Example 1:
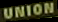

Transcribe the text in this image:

UNION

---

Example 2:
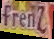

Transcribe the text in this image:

frenZ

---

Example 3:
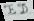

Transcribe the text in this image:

ED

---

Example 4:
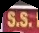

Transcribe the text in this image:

S.S.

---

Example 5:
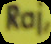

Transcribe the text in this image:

Raj,